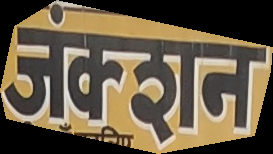
जंक्शन